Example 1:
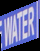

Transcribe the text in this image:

WATER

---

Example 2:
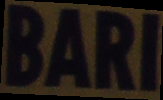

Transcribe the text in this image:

BARI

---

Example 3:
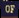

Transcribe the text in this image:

OF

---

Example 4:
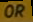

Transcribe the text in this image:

OR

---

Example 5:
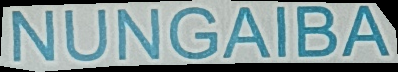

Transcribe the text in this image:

NUNGAIBA